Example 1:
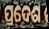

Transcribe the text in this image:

ପ୍ରଦେଶ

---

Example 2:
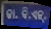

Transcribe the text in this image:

ତା.ଦି.ଏଳ୍.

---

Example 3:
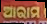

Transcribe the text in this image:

ଆରାମ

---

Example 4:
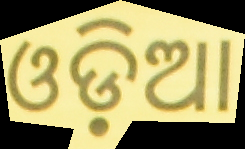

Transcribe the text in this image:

ଓଡ଼ିଆ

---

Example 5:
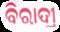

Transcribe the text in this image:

ବିରାଦୀ